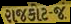
રાજકોટન્જ